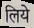
लिये